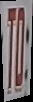
TO: